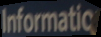
Informatic